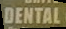
DENTAL